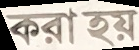
করাহয়